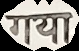
गया